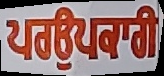
ਪਰਉਪਕਾਰੀ